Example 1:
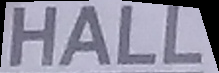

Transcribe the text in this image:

HALL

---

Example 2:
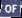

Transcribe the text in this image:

OF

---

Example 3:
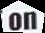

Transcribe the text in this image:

on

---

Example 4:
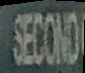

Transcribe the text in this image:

SECOND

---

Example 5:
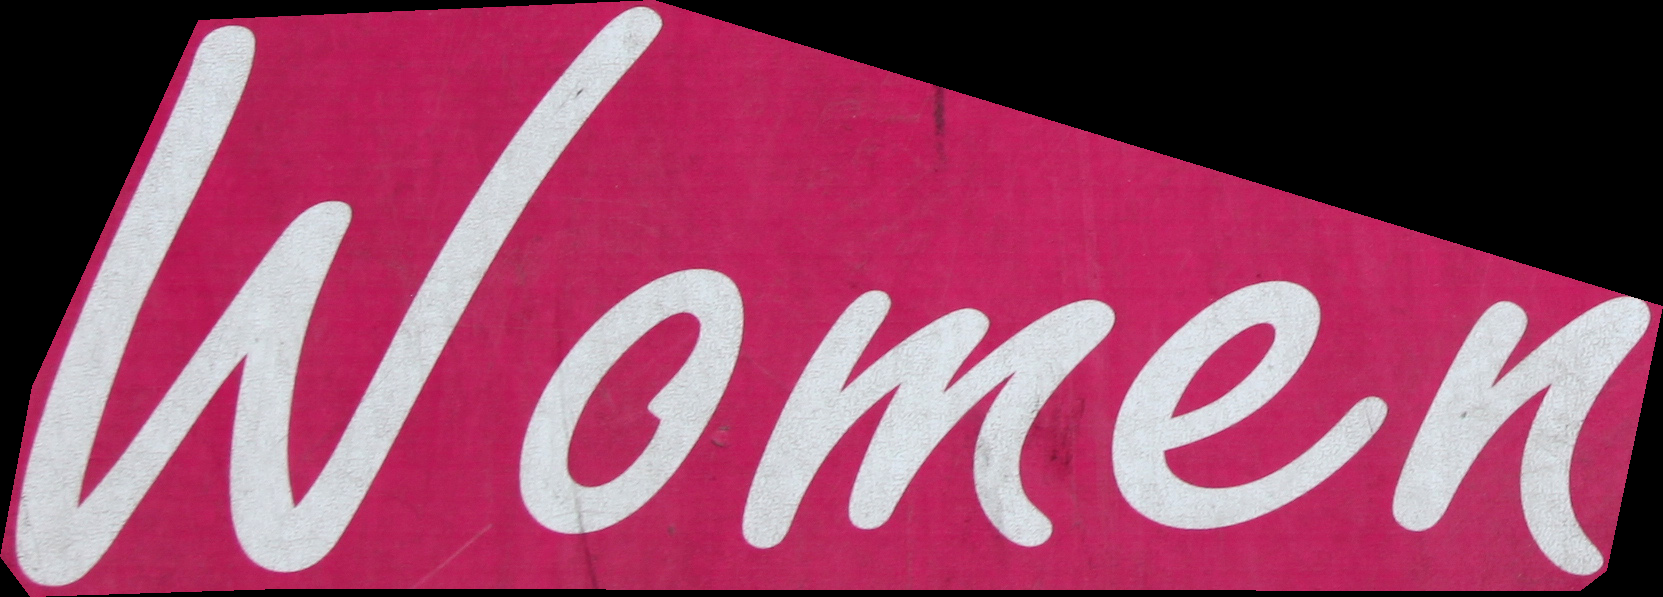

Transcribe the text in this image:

Women